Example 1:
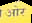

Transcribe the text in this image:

ओर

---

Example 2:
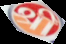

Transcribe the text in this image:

श्री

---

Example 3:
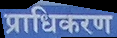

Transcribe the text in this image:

प्राधिकरण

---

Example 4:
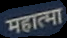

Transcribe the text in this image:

महात्मा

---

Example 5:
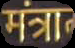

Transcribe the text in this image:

मंत्रालय